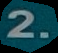
2.